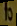
to